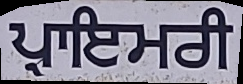
ਪ੍ਰਾਇਮਰੀ